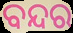
ବନ୍ଦର